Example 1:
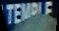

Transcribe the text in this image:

TEMPLE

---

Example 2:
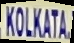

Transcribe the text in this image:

KOLKATA.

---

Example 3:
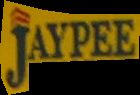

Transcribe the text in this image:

JAYPEE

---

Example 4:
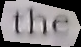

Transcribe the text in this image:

the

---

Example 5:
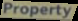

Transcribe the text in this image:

Property